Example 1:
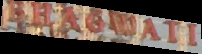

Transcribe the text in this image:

BHAGWATI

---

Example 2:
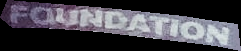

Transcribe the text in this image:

FOUNDATION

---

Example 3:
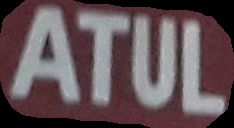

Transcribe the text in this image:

ATUL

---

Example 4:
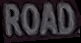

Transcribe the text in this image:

ROAD.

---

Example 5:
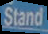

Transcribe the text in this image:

Stand